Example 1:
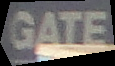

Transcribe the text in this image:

GATE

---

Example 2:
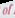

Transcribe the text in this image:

of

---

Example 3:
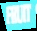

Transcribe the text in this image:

FRUIT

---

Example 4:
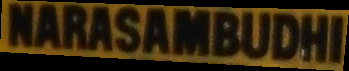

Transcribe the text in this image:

NARASAMBUDHI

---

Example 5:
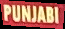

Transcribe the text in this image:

PUNJABI